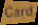
Card